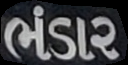
ભંડાર